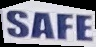
SAFE